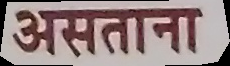
असताना